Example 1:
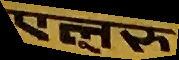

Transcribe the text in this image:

एलूरू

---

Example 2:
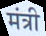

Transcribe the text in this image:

मंत्री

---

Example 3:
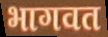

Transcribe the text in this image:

भागवत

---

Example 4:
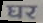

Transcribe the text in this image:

घर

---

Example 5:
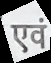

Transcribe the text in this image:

एवं